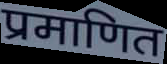
प्रमाणित